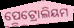
ପେଟ୍ରୋଲିୟମ